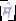
में